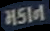
મકાન